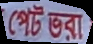
পেট ভরা